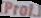
Prof.)